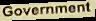
Government